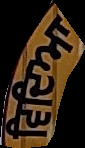
ਵਿਦਿਆ